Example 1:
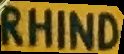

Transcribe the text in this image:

RHIND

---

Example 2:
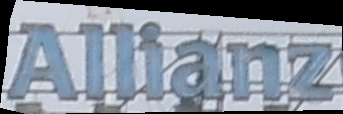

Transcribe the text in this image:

Allianz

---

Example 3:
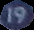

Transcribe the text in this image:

19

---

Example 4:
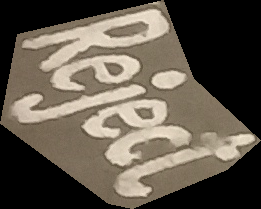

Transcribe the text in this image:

Reject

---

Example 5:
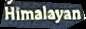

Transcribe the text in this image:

Himalayan